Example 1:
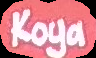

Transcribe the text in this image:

Koya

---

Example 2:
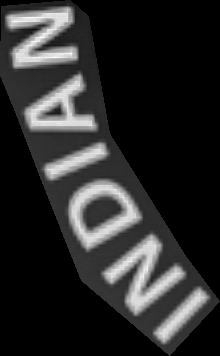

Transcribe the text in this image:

INDIAN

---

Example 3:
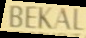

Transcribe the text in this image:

BEKAL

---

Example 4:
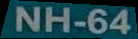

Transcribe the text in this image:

NH-64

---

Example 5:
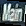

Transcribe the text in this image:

Main